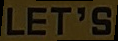
LET